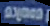
മാത്രമേ